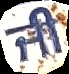
ਜੀ